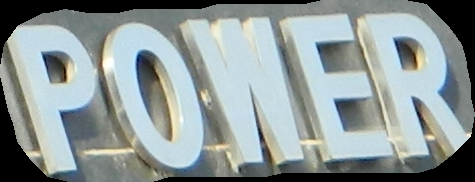
POWER